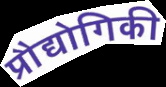
प्रौद्योगिकी